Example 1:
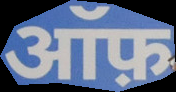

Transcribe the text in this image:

ऑफ़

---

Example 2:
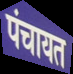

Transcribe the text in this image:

पंचायत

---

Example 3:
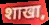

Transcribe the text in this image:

शाखा,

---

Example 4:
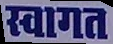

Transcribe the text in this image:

स्वागत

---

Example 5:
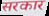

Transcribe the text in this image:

सरकार